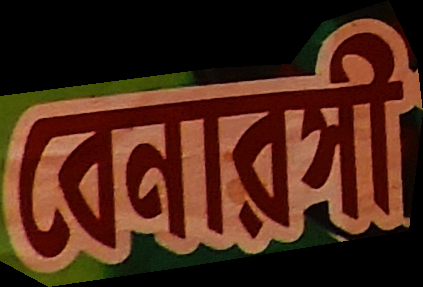
বেনারসী